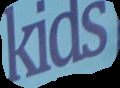
kids